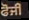
ਫੋਜੀ